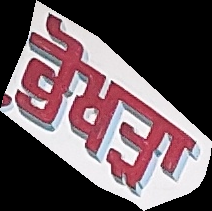
ਭੋਖੜਾ